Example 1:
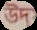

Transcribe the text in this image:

উদ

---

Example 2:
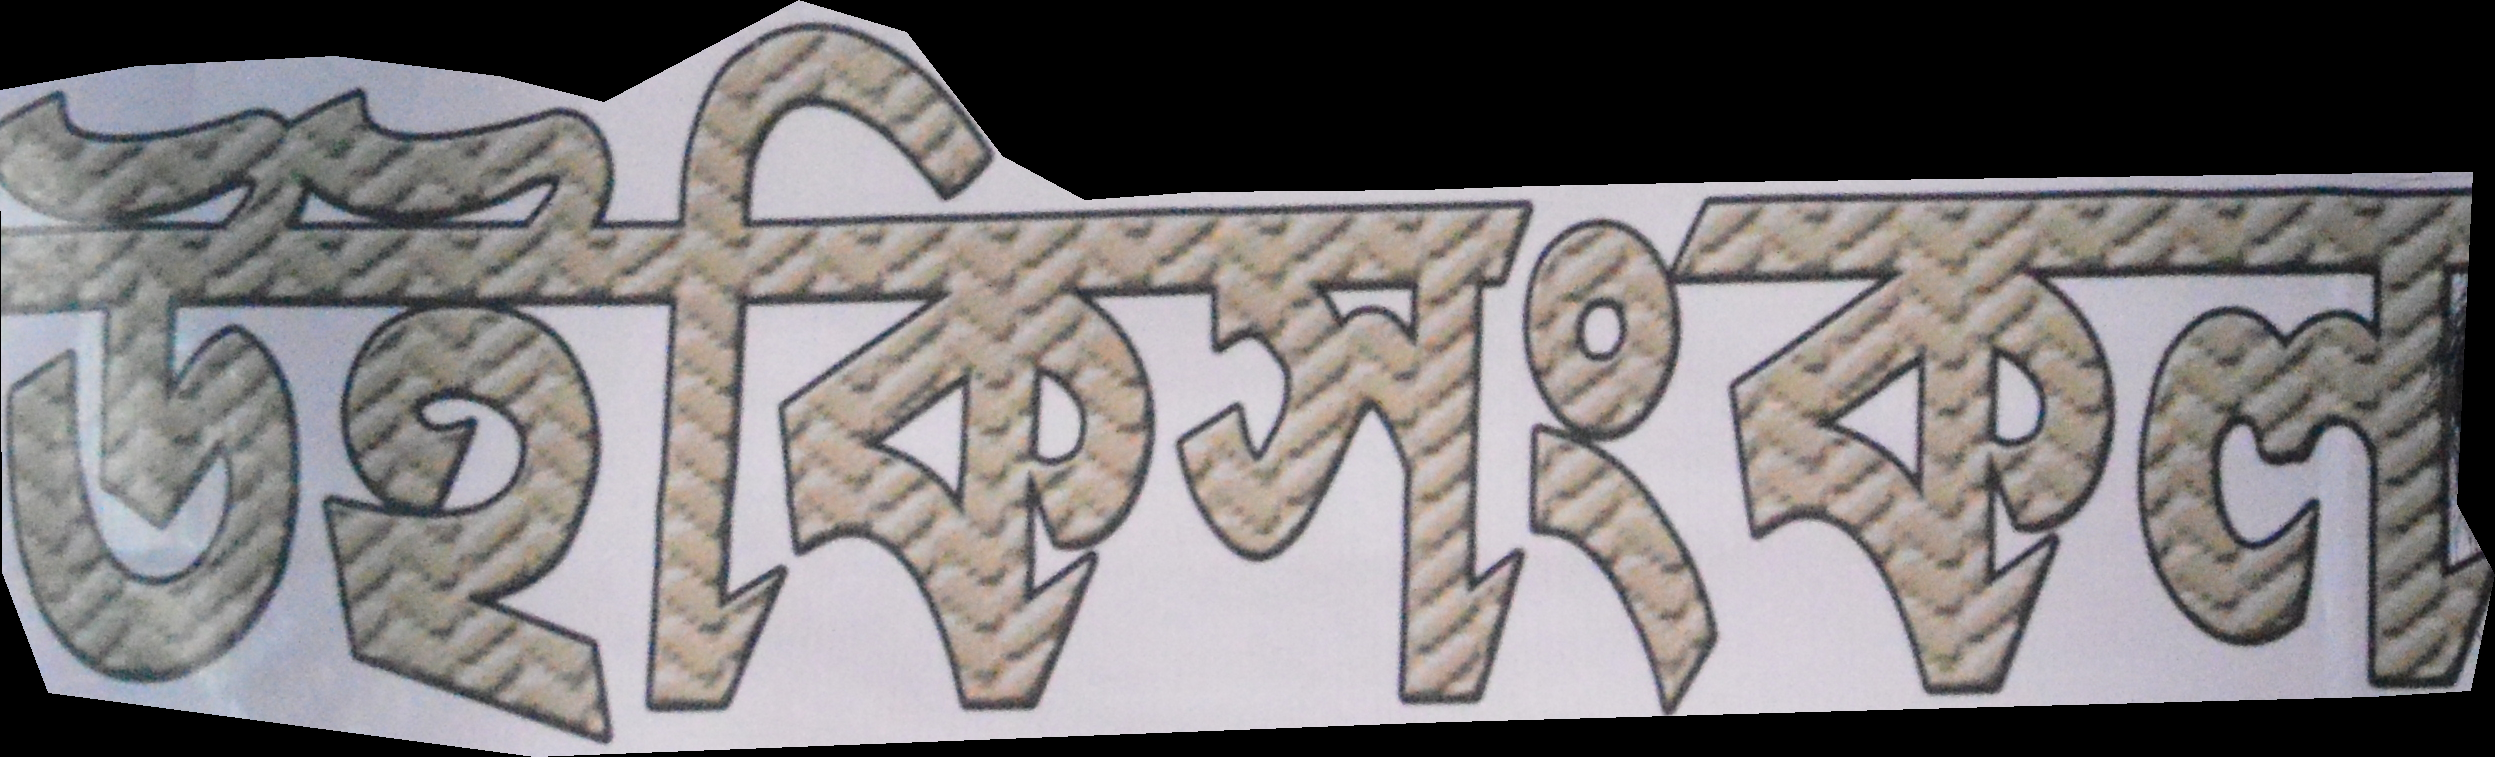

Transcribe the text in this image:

উইকিসংকল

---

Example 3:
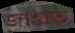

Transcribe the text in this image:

জাগ্রত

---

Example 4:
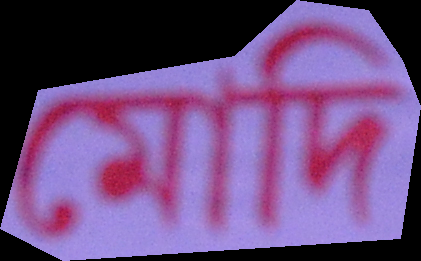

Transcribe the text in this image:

মোদি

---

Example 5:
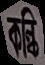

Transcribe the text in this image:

কল্কি